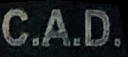
C.A.D.